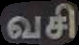
வசி